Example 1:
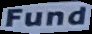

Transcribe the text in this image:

Fund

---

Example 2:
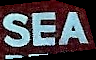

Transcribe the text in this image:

SEA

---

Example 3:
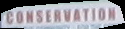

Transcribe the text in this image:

CONSERVATION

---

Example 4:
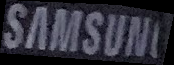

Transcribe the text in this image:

SAMSUNG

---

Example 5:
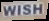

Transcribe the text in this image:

WISH